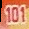
101